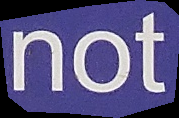
not